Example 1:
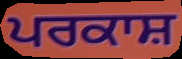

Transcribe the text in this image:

ਪਰਕਾਸ਼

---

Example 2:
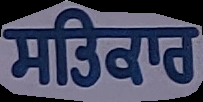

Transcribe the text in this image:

ਸਤਿਕਾਰ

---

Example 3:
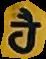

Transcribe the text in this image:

ਹੈ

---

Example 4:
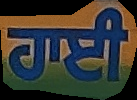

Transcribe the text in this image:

ਹਾਈ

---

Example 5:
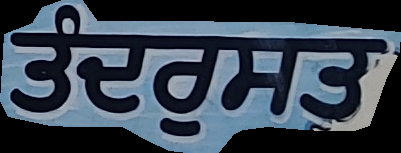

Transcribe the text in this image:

ਤੰਦਰੁਸਤ